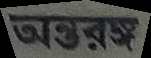
অন্তরঙ্গ